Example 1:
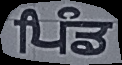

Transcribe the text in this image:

ਪਿੰਡ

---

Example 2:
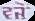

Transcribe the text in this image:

ਵਜੋ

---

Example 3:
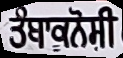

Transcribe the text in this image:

ਤੰਬਾਕੂਨੇਸ਼ੀ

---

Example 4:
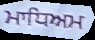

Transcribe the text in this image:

ਮਾਧਿਅਮ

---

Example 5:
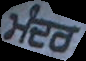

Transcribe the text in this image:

ਮੰਦਰ